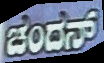
ಚಂದನ್